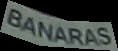
BANARAS